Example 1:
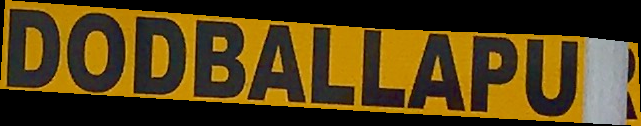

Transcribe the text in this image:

DODBALLAPU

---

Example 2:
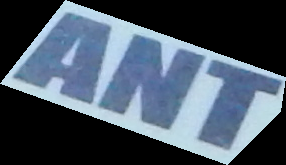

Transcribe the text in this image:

ANT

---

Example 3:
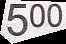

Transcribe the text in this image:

500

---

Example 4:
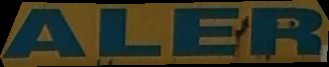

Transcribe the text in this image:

ALER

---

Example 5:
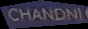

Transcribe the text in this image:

CHANDNI